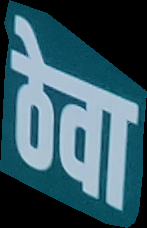
ठेवा